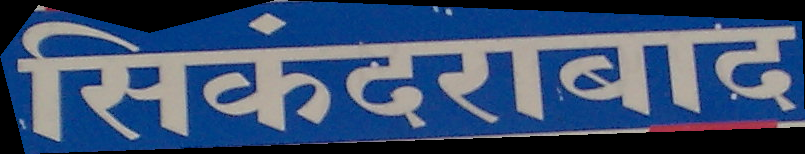
सिकंदराबाद